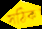
সঠিক